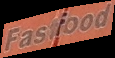
Fastfood